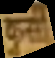
कुर्सी